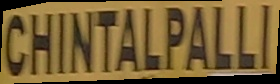
CHINTALPALLI